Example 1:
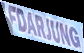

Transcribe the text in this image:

FDARJUNG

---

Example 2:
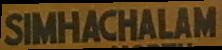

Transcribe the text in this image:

SIMHACHALAM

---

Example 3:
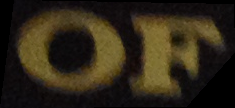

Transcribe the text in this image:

OF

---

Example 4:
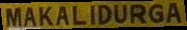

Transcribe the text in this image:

MAKALIDURGA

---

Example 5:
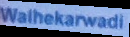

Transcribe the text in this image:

Walhekarwadi